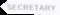
SECRETARY